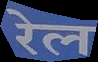
रेल